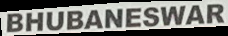
BHUBANESWAR